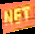
NET